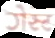
गेस्ट